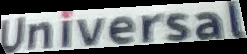
Universal